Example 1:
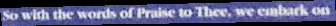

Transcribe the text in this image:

So with the words of Praise to Thee, we embark on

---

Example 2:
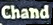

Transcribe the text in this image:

Chand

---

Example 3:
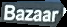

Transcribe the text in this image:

Bazaar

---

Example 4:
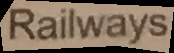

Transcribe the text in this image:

Railways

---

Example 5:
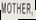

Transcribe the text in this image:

MOTHER,